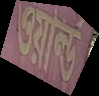
ওয়াল্ড